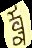
ਮਹਾਠ